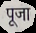
पूजा